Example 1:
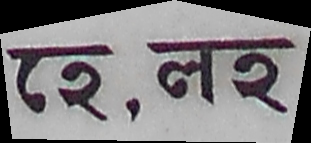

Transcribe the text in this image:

হে, লহ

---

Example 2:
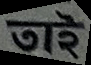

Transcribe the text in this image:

তাই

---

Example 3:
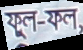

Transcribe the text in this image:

ফুল-ফল,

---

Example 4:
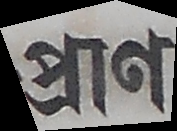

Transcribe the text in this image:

প্রাণ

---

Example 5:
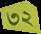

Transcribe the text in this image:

৩২